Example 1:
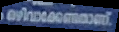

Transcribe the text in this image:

ഒഴിവാക്കേണ്ടതാണ്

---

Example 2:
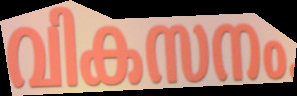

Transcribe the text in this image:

വികസനം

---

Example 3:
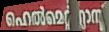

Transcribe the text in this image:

ഹെൽമറ്റ് ഗ്ലാസ്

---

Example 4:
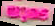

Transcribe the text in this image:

യുടെ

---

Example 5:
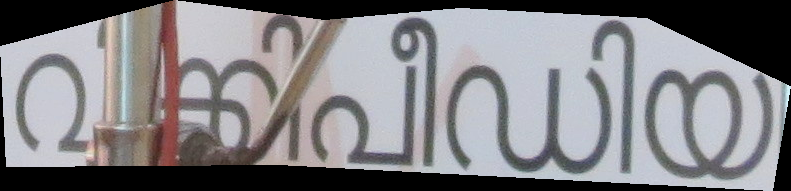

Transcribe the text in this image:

വിക്കപീസിയ